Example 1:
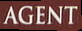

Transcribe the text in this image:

AGENT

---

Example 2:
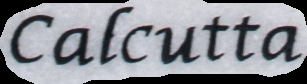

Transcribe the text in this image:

Calcutta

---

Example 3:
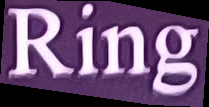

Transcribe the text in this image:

Ring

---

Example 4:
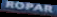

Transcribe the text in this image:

ROPAR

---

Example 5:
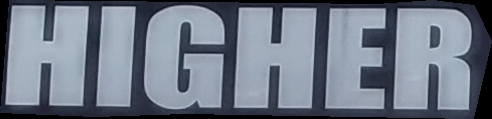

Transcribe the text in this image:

HIGHER